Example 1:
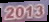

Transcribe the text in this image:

2013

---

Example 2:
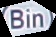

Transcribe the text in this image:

Bin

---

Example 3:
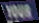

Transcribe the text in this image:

YOUR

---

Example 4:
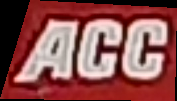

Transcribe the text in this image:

ACC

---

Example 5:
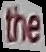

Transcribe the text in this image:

the